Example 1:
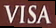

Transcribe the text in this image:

VISA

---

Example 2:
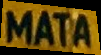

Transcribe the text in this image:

MATA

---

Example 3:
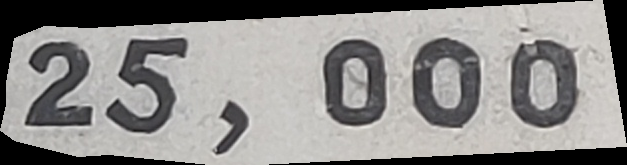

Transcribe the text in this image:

25,000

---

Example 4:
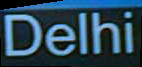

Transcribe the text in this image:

Delhi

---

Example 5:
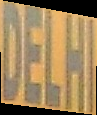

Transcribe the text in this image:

DELHI